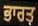
ਭਾਰਤ